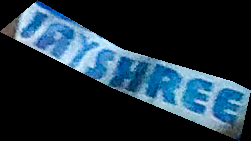
JAYSHREE